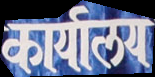
कार्यालय